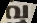
വ